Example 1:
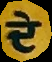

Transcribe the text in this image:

ਦੇ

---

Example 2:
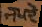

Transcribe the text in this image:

ਜਪਦੇ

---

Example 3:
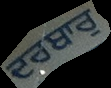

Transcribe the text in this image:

ਦਰਬਾਰੁ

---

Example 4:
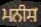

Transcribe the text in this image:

ਮਨੀਸ਼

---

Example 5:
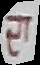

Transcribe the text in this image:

ਦਾ